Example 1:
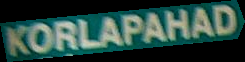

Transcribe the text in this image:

KORLAPAHAD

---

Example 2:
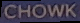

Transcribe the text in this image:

CHOWK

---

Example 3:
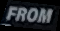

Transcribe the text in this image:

FROM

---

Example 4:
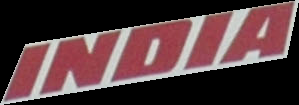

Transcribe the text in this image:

INDIA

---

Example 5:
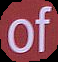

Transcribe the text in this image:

of